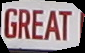
GREAT